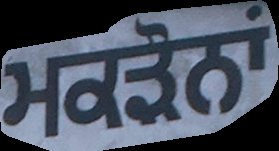
ਮਕੜੌਨਾਂ